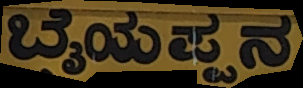
ಬೈಯಪ್ಪನ